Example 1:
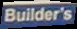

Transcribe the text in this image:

Builder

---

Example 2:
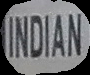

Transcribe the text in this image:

INDIAN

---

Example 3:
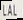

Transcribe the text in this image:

LAL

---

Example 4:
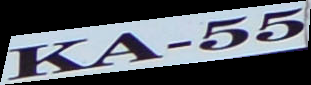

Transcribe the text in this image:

KA-55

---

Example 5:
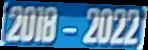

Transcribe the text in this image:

2018-2022